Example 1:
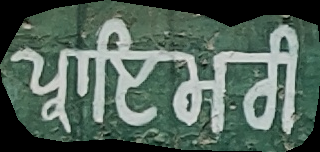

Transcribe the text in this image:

ਪ੍ਰਾਇਮਰੀ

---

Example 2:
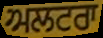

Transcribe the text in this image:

ਅਲਟਰਾ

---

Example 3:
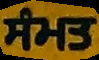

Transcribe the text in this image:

ਸੰਮਤ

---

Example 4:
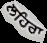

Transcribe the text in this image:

ਲਹਿਰਾ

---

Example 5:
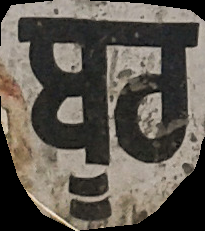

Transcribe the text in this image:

ਬੂਰ